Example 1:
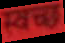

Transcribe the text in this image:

स्वच्छ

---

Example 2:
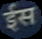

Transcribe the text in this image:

ईस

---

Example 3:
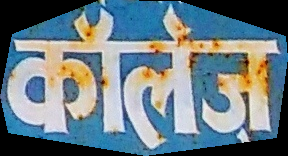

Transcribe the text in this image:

कॉलेज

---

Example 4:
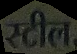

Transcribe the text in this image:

स्टील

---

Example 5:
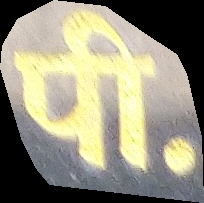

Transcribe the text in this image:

पी.